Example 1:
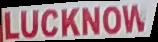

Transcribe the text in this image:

LUCKNOW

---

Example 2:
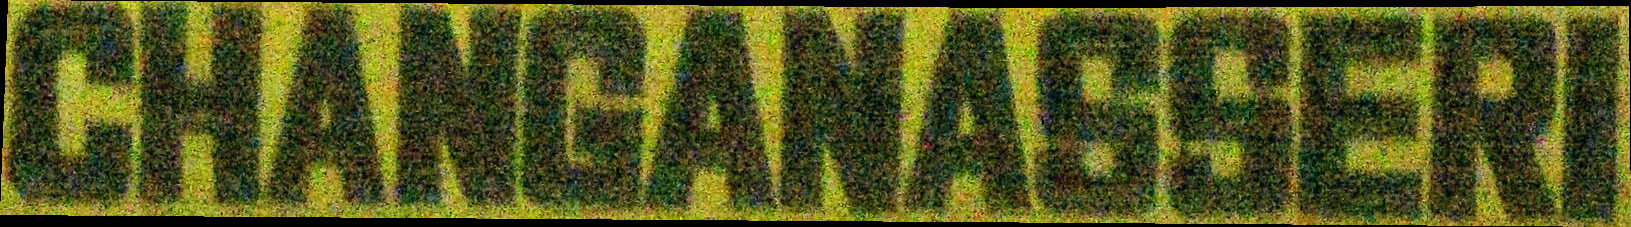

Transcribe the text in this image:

CHANGANASSERI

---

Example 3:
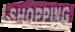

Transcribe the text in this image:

SHOPPING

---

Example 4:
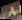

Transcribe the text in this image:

A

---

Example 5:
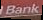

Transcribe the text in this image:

Bank